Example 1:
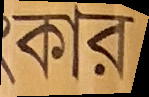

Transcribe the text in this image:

ৎকার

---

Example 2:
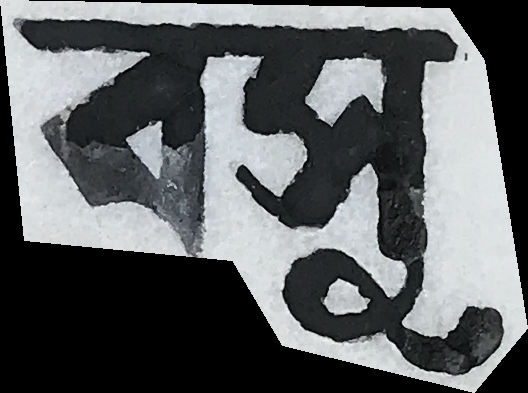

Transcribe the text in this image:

বসু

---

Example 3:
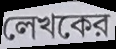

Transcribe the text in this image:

লেখকের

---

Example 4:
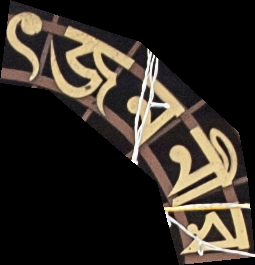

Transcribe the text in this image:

ৎ জননীর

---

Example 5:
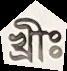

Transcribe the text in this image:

খ্রীঃ